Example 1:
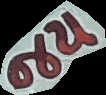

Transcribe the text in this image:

જય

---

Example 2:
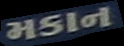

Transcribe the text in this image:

મકાન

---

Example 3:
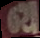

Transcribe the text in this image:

ન્ય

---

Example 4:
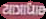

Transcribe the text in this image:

યાત્રાધામ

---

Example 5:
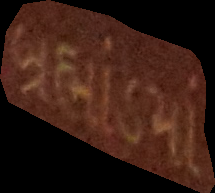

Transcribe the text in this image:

બ્રહ્માંડમાં